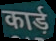
कार्ड़